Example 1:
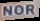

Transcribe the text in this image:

NOR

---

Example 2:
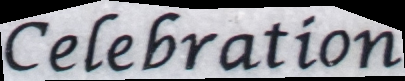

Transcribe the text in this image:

Celebration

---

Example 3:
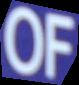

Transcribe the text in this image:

OF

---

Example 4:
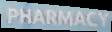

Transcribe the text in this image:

PHARMACY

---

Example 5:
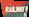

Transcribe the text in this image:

RAILWAY